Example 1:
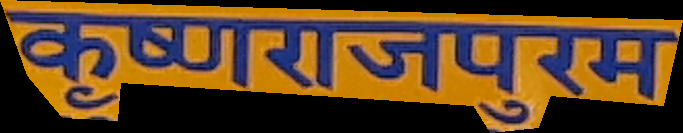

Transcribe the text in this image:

कृष्णराजपुरम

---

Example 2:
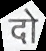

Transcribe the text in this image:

दो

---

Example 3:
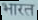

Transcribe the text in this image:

भारत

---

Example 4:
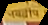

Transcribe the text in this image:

नबद्वीप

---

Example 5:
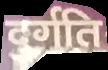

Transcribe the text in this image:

दुर्गति